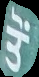
ਤੋਂ